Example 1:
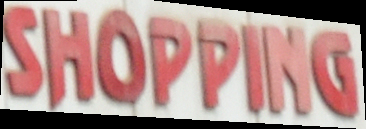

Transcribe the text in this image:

SHOPPING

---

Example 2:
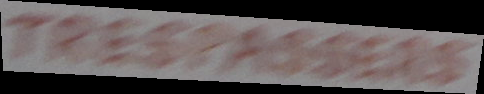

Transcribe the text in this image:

TRESPASSERS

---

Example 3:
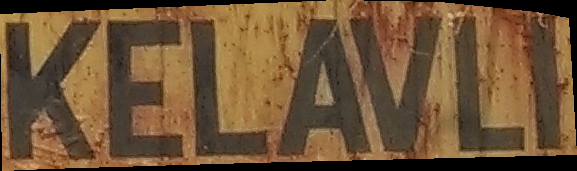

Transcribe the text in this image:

KELAVLI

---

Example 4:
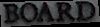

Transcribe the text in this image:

BOARD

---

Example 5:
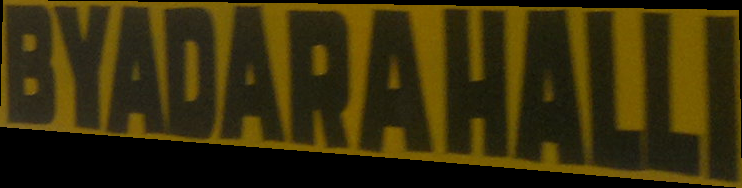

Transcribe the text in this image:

BYADARAHALLI